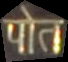
पोत